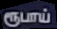
ரூபாய்